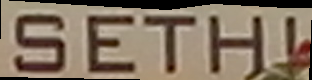
SETHI